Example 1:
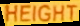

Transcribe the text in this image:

HEIGHT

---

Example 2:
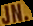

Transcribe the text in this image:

JN.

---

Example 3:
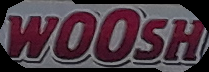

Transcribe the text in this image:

WOOSH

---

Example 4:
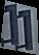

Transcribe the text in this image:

11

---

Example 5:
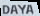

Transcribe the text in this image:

DAYA